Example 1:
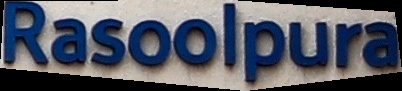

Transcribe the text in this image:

Rasoolpura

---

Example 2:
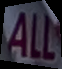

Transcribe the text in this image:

ALL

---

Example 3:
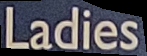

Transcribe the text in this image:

Ladies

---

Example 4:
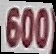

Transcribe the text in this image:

600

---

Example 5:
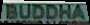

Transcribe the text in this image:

BUDDHA